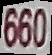
660